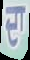
ਦਾ